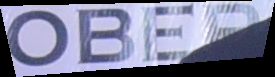
OBER